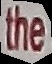
the